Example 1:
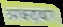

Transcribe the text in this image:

अक्टूबर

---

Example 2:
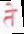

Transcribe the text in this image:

ते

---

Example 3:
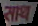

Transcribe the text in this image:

साथ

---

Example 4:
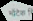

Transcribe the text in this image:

मोटेस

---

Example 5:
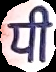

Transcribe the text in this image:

यी